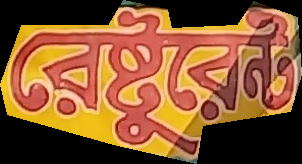
রেস্টুরেন্ট